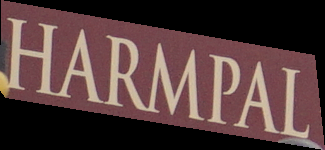
HARMPAL